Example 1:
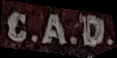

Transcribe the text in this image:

C.A.D.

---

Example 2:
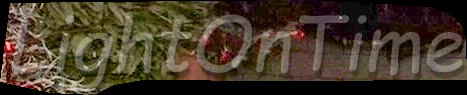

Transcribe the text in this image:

LightOnTime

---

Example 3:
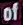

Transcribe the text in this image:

of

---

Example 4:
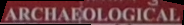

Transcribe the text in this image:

ARCHAEOLOGICAL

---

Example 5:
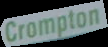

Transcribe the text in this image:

Crompton